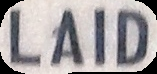
LAID